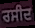
ਰਸੀਦ